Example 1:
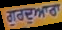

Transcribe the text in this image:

ਗੁਰਦੁਆਰਾ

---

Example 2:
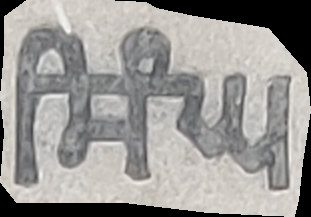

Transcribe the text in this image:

ਸਿੰਘ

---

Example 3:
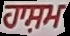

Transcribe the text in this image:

ਹਾਸ਼ਮ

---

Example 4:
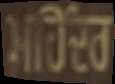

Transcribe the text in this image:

ਮਹਿੰਦਰ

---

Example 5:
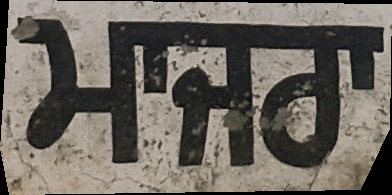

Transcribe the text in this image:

ਮਾਜਗ